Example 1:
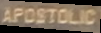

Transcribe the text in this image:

APOSTOLIC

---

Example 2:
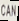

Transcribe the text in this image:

CAN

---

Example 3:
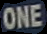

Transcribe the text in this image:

ONE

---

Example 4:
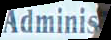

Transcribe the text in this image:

Adminis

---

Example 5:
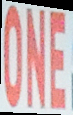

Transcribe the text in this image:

ONE